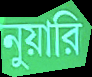
নুয়ারি